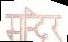
मन्दिर